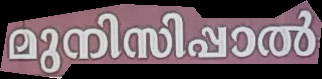
മുനിസിപ്പാൽ